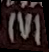
(V)